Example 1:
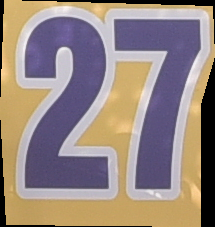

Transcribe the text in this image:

27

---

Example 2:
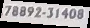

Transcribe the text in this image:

78892-31408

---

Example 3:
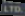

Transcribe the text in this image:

LTD.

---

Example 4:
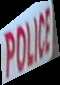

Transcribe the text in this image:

POLICE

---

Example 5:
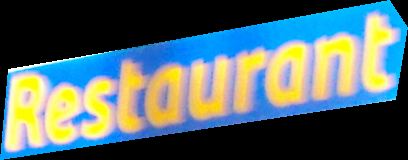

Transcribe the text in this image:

Restaurant